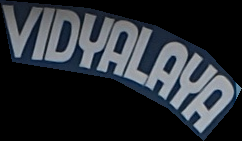
VIDYALAYA